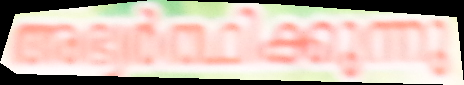
അഭ്യർത്ഥിക്കുന്നു